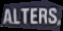
ALTERS,